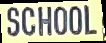
SCHOOL